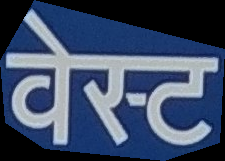
वेस्ट